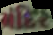
મંદિર